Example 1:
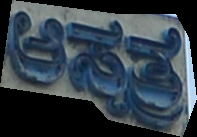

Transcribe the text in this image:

ಆಸ್ಪತ್ರ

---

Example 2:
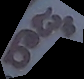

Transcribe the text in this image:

ರಾಜ್ಯ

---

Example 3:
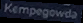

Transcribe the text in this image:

14ಗಾರಿಂದ್ರರೂ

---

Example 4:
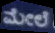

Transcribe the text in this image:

ಮೇಲ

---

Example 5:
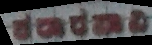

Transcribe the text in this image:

ಕರಾರಸಾನಿ